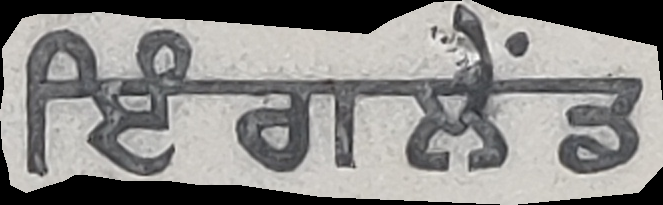
ਇੰਗਲੈਂਡ